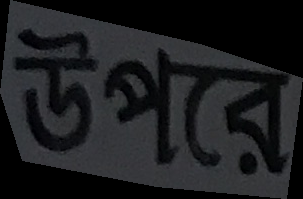
উপরে